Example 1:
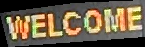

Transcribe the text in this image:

WELCOME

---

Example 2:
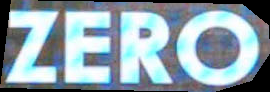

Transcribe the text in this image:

ZERO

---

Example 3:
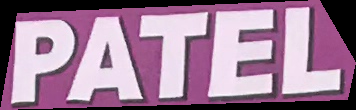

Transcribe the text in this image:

PATEL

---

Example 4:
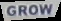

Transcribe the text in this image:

GROW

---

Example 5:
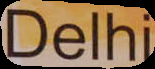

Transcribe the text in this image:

Delhi